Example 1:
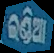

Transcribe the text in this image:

ଇଣ୍ତିଆ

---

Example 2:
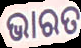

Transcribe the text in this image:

ଭାରତ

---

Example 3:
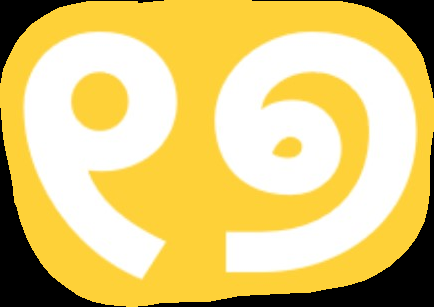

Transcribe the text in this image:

୧୭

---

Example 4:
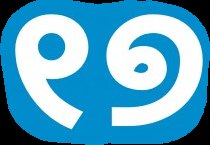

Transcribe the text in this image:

୧୭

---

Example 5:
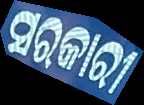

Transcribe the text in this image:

ସରକାରୀ